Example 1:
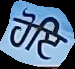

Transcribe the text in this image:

ਹੋਇ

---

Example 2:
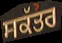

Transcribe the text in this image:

ਸਕੱਤਰ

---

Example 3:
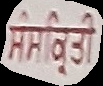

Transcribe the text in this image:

ਸਸਕ੍ਰਿਤੀ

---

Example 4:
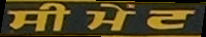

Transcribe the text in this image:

ਸੀ ਮੇਂ ਟ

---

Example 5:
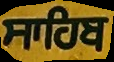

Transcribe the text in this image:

ਸਾਹਿਬ